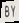
BY